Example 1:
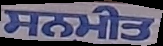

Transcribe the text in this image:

ਸਨਮੀਤ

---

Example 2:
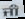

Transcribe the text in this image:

ਜੀ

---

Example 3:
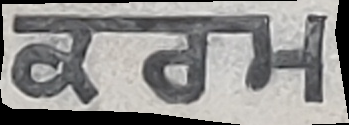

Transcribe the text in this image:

ਕਰਮ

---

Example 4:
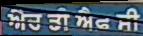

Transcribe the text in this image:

ਐਚ ਡੀ ਐਫ ਸੀ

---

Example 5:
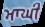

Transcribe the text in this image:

ਮਾਘੀ